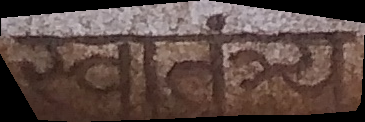
स्वातंत्र्य